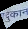
दुकान